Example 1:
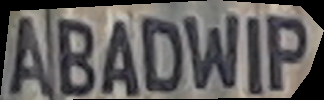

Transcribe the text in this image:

ABADWIP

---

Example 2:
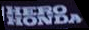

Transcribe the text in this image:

HEROHONDA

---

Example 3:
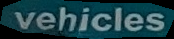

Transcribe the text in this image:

vehicles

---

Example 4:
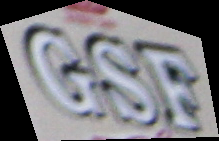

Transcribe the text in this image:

GSF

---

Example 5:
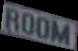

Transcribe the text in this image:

ROOM